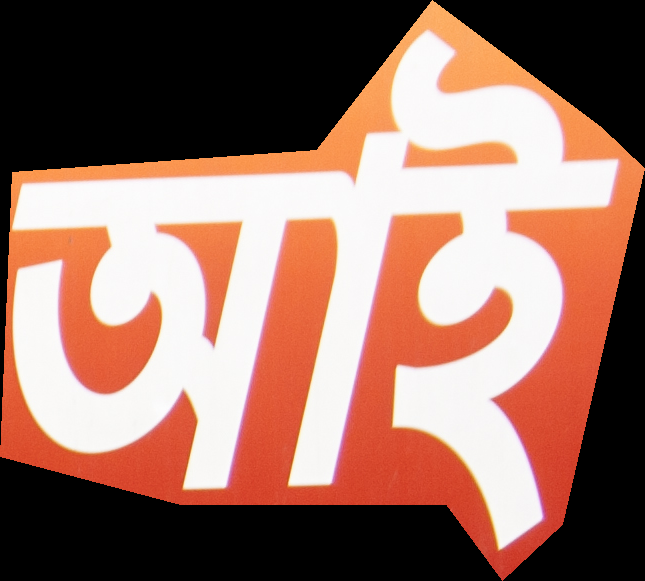
আই